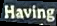
Having